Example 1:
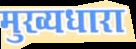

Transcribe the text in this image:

मुख्यधारा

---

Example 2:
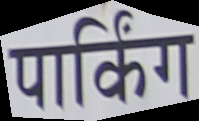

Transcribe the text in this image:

पार्किंग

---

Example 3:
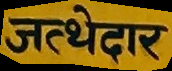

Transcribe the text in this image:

जत्थेदार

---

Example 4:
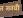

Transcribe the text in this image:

मानवी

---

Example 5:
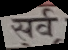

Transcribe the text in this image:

सर्व